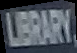
LIBRARY